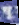
च़्र्